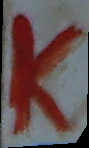
K